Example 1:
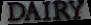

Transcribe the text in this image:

DAIRY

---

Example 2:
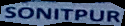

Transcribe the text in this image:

SONITPUR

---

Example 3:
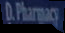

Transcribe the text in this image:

D.Pharmacy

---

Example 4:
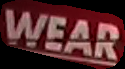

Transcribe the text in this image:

WEAR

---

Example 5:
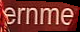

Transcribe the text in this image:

ernme